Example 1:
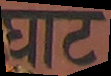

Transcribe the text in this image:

घाट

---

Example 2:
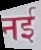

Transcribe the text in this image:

नई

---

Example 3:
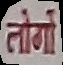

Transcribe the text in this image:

लोगों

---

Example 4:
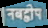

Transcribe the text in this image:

नबद्वीप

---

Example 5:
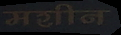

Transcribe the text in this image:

मशीन